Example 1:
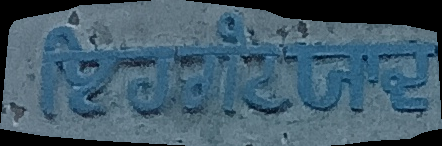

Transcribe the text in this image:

ਇਰਗੇਟਯਾਦ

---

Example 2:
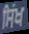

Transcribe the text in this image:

ਸਿੰਖ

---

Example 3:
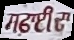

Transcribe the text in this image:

ਸਫ਼ਾਈਦਾ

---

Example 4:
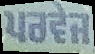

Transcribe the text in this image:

ਪਰਵੇਜ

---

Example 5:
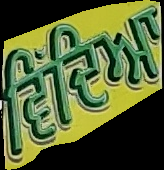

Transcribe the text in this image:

ਵਿੱਦਿਆ